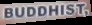
BUDDHIST,